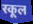
स्कूल